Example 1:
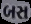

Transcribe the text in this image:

બસ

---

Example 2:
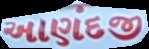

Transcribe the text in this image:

આણંદજી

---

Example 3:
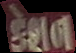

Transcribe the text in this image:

ફેશન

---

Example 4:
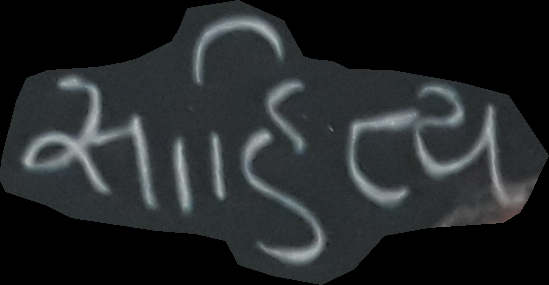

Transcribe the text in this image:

સાહિત્ય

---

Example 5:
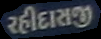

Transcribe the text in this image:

રહીદાસજી